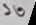
১৩